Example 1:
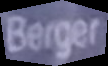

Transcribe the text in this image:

Berger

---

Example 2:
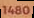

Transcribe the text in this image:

1480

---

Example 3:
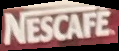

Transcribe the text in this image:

NESCAFE.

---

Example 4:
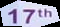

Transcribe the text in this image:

17th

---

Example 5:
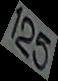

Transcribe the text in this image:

125